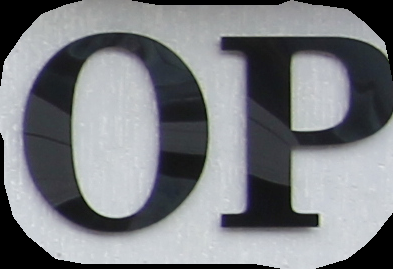
OP